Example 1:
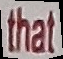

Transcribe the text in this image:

that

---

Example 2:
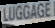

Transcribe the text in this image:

LUGGAGE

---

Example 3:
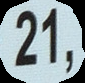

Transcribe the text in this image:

21,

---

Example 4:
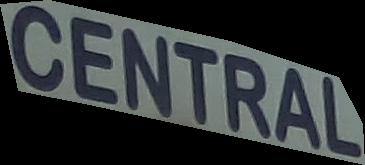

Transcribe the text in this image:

CENTRAL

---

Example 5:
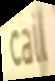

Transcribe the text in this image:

cail